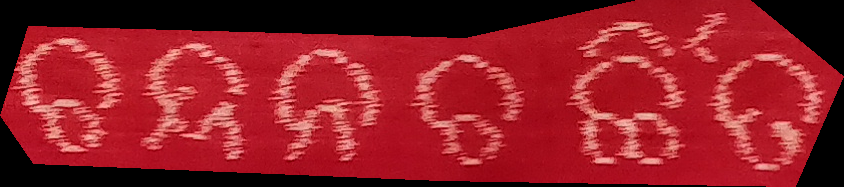
ଚନ୍ଦନ ଚର୍ଚ୍ଚିତ